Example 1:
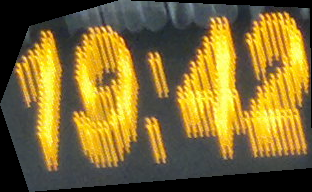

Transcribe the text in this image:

19:42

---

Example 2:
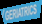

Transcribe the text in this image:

GERIATRICS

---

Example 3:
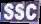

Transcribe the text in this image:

SSC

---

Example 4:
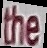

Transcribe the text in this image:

the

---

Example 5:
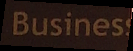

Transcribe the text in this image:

Business